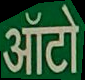
ऑटो